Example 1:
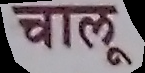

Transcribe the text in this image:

चालू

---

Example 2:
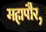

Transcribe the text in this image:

महापौर,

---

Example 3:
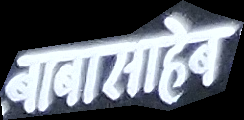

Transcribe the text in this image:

बाबासाहेब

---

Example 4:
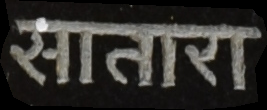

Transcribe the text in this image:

सातारा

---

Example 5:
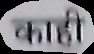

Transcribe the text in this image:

काही